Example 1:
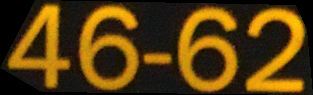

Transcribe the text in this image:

46-62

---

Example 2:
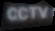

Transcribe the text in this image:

CCTV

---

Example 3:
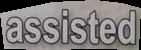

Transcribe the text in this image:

assisted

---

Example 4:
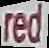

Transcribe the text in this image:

red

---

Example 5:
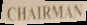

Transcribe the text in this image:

CHAIRMAN